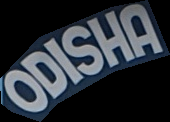
ODISHA